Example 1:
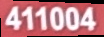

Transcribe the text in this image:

411004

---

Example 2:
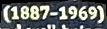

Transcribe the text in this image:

(1887-1969)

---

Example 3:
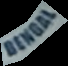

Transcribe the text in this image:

BENGAL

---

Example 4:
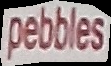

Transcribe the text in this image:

pebbles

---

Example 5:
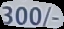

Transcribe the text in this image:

300/-